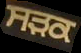
ਸੜਕ